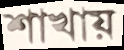
শাখায়